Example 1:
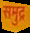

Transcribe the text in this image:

समुद्र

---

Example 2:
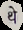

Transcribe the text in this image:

थे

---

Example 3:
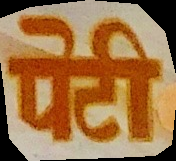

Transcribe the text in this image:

पेटी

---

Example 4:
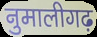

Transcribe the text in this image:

नुमालीगढ़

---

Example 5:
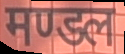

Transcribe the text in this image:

मण्डल